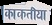
काकतीया